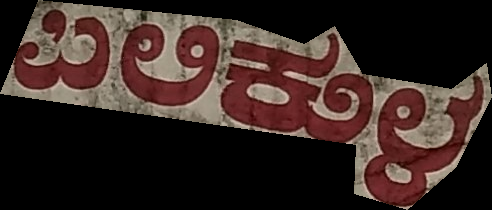
ಪಿಲಿಕುಳ